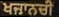
ਖਜਾਨਚੀ